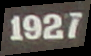
1927